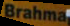
Brahma